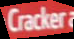
Cracker